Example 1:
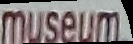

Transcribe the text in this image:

museum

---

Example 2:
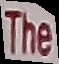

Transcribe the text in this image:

The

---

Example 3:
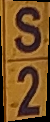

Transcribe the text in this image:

S2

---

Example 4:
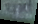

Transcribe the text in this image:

and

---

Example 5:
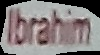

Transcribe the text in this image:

Ibrahim